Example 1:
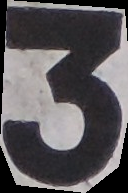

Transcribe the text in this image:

3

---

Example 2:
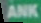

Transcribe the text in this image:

ANK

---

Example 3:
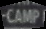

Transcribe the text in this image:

CAMP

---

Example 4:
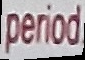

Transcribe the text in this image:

period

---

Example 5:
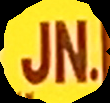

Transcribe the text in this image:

JN.